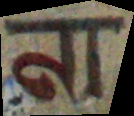
না